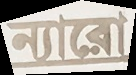
ন্য৷রো